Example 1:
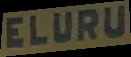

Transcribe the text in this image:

ELURU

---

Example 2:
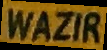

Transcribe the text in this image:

WAZIR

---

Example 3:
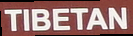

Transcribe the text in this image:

TIBETAN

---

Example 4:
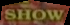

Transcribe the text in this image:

SHOW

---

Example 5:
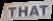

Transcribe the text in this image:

THAT